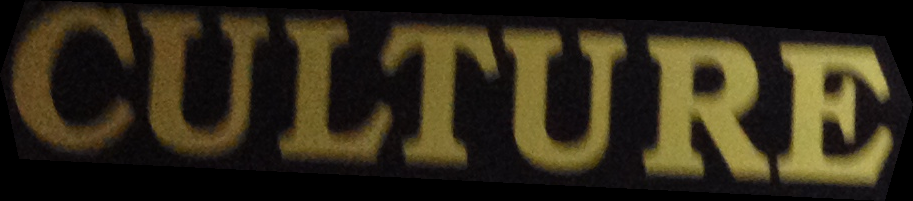
CULTURE